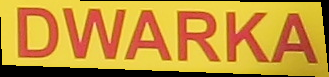
DWARKA